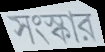
সংস্কার